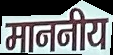
माननीय